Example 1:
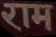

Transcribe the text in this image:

राम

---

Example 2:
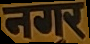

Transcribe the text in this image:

नगर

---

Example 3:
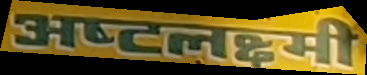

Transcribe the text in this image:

अष्टलक्ष्मी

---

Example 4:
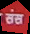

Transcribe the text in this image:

संस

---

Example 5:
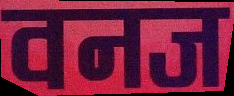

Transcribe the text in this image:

वनज